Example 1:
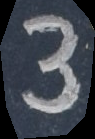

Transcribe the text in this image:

3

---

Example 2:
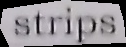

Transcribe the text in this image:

strips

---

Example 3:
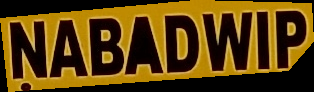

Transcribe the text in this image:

NABADWIP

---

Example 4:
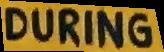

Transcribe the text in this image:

DURING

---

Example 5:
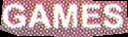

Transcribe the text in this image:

GAMES